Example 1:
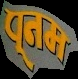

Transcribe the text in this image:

पूनम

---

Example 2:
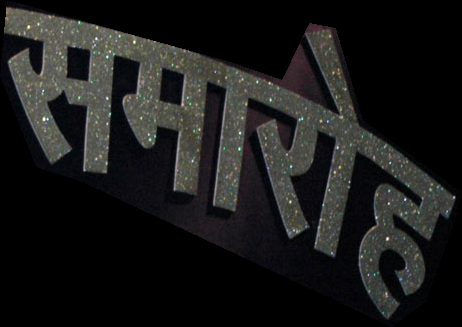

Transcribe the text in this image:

समारोह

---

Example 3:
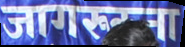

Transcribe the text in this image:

जागरू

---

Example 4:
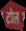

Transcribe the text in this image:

टोल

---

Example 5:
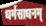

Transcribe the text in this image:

धर्मसाधनम्